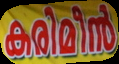
കരിമീൻ